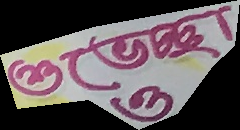
শুভেচ্ছা ও